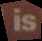
is